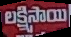
లక్ష్మిసాయ